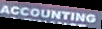
ACCOUNTING